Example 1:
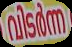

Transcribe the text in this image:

വിടർന്ന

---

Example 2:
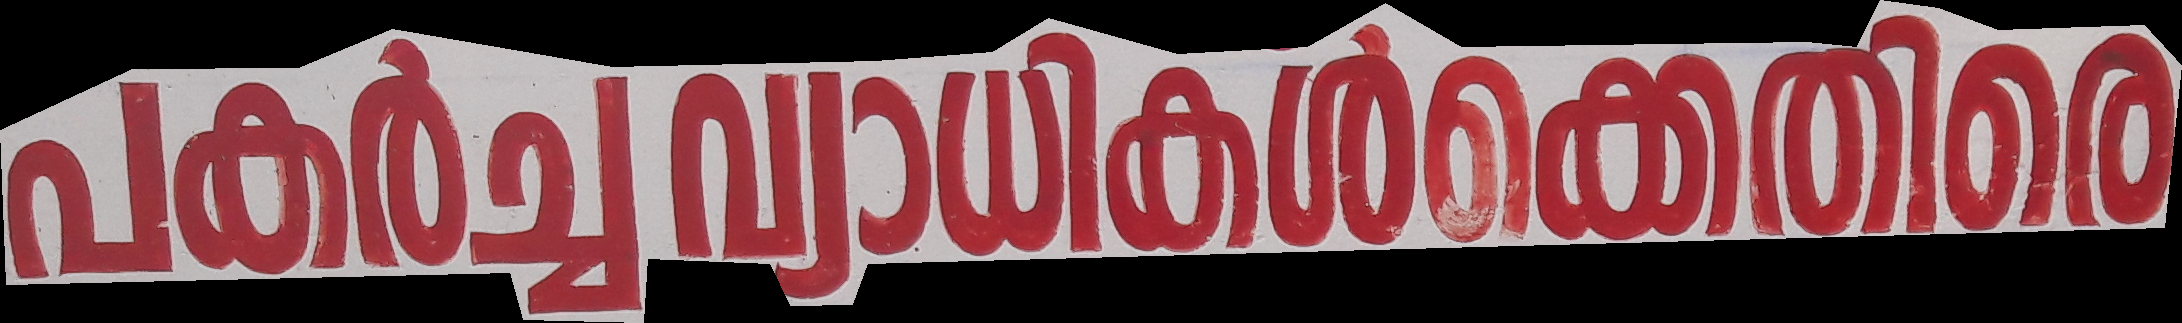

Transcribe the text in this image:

പകർച്ചവ്യാധികൾക്കെതിരെ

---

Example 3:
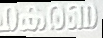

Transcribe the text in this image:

കരണ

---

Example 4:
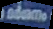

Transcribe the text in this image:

ദർശനം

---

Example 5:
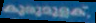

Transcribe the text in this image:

കുരുമുളക്